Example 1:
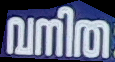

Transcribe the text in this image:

വനിത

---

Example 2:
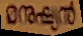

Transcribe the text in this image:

മനുഷ്യൻ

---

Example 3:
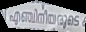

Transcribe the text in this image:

എഞ്ചിനീയരുടെ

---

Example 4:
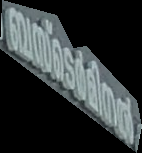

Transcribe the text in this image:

ബസ്ടെർമിനൽ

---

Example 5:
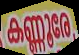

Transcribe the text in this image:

കണ്ണൂരേ